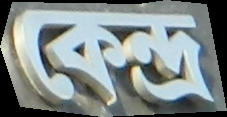
কেন্দ্র